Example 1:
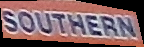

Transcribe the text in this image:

SOUTHERN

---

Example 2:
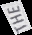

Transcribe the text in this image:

THE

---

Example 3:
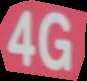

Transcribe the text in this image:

4G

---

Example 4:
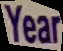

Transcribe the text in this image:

Year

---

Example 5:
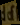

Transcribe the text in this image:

d of